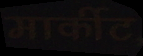
मार्कीट